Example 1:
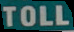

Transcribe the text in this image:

TOLL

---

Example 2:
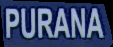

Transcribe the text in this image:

PURANA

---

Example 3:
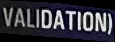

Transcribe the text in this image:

VALIDATION)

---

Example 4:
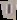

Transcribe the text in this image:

I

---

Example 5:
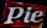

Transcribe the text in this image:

Pie